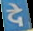
दे